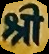
श्री